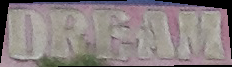
DREAM